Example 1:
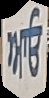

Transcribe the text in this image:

ਆਓ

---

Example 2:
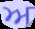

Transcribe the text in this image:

ਅ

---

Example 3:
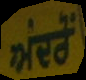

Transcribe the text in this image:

ਅੰਦਰੋਂ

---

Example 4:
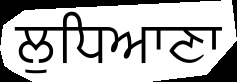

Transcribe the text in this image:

ਲੁਧਿਆਣਾ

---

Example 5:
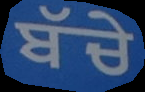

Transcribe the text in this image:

ਬੱਚੇ